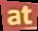
at